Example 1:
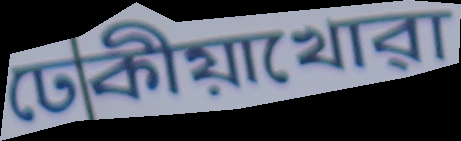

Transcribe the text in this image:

ঢেকীয়াখোরা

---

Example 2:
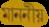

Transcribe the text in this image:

মাননীয়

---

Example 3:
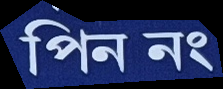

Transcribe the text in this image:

পিন নং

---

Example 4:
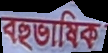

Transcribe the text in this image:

বহুভাষিক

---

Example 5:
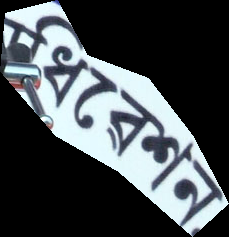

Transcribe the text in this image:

ধিৱেশন